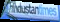
Hindustantimes